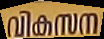
വികസന